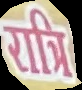
रात्रि